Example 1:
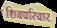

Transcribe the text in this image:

शिवपरिवार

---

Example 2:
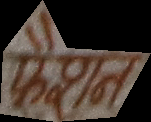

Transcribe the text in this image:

फैशन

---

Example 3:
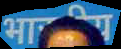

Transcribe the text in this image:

भारतीय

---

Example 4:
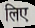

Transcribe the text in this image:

लिए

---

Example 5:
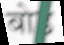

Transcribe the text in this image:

बोर्ड